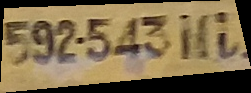
592-543ML.